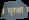
सुरक्षा